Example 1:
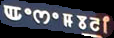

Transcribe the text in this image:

ꯑꯦꯁꯦꯝꯕꯂꯤ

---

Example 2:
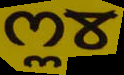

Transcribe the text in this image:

ꯁꯨꯕ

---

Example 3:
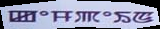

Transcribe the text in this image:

ꯀꯦꯝꯄꯦꯢꯟ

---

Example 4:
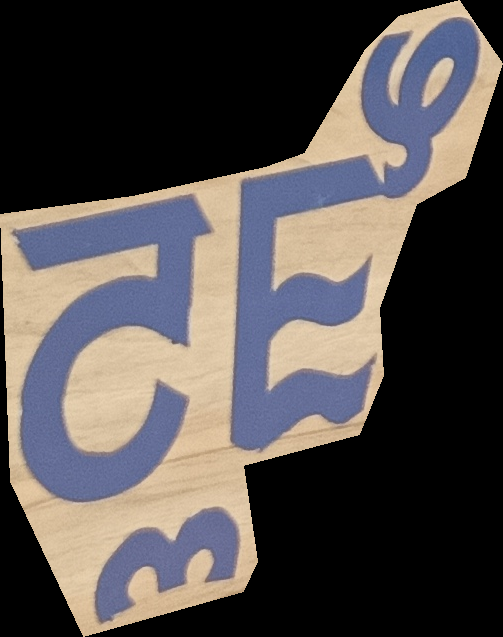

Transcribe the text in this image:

ꯂꯨꯐꯧ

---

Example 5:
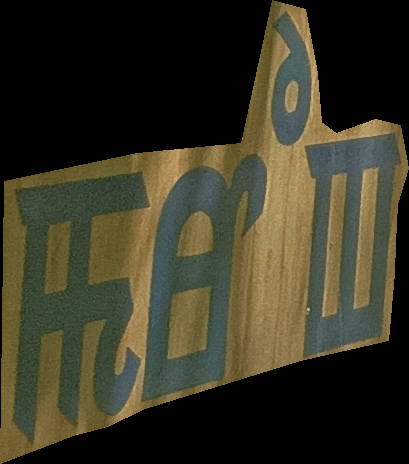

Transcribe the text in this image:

ꯃꯔꯣꯡ